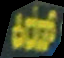
ಕಿರಡ್